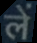
लें